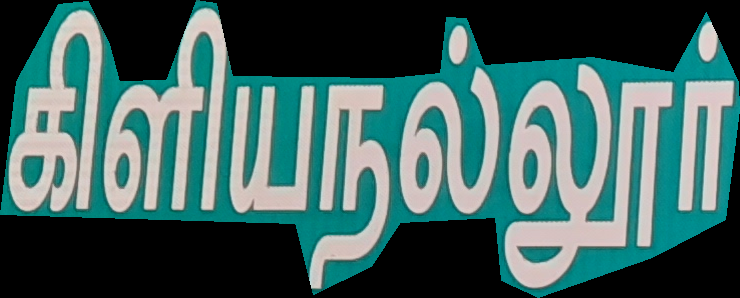
கிளியநல்லூா்